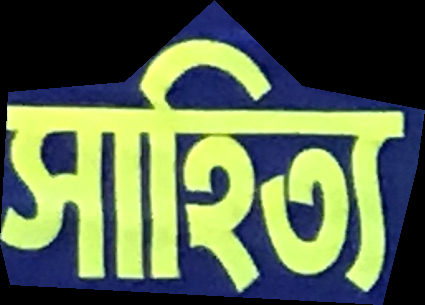
সাহিত্য